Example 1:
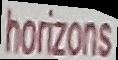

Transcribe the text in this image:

horizons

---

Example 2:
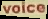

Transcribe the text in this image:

voice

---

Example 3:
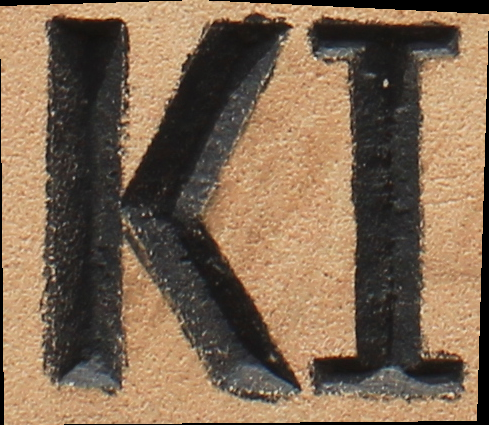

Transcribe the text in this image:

KI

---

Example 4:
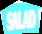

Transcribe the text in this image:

SALAD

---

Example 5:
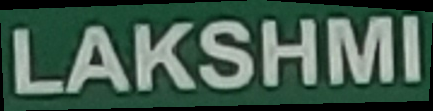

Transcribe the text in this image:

LAKSHMI